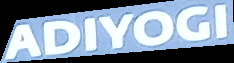
ADIYOGI